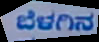
ಬೆಳಗಿನ